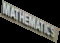
MATHEMATICS